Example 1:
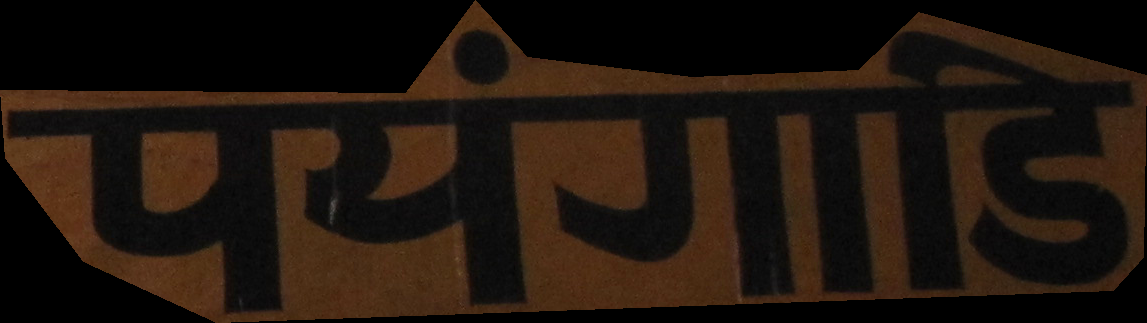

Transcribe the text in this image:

पयंगाडि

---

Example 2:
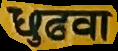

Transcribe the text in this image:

धुढवा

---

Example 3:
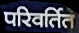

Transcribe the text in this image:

परिवर्तित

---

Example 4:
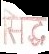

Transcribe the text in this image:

सिद्ध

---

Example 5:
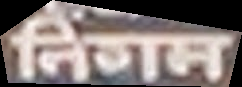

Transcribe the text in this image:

निंगम